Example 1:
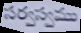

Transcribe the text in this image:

సర్వస్వము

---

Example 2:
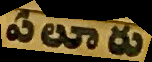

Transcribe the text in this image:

పలూరు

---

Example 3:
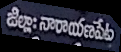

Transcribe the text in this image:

జిల్లా: నారాయణపేట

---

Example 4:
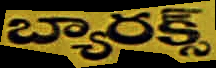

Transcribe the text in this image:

బ్యారక్స్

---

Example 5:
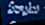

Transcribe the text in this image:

ఏర్పాటు